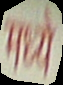
मध्ये